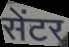
सेंटर